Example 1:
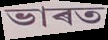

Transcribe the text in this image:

ভাৰত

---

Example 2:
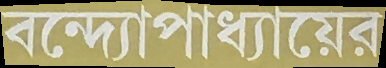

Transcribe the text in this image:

বন্দ্যোপাধ্যায়ের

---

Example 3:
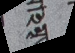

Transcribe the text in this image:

নাহমৃত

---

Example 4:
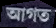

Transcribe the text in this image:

আগত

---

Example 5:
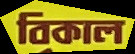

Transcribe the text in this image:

বিকাল